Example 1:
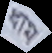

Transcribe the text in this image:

ধাম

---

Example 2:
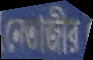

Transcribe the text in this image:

নেতাজীর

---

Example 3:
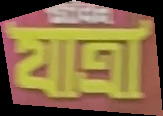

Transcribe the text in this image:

যাত্রা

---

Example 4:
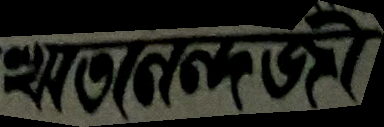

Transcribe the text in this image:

খতেনন্দজী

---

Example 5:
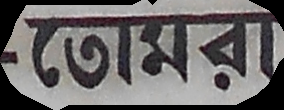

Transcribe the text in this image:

-তোমরা